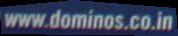
www.dominos.co.in